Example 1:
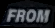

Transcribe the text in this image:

FROM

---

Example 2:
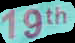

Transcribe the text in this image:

19th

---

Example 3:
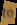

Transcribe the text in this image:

to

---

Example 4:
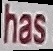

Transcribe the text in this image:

has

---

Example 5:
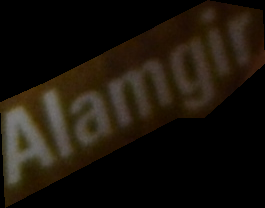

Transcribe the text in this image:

Alamgir